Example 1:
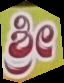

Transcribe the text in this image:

ಶ್ರೀ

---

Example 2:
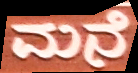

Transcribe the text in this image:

ಮನೆ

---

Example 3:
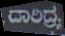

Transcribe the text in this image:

ದಾರಿದ್ರ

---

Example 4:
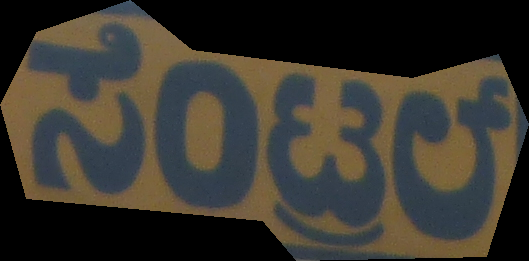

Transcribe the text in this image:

ಸೆಂಟಲೆ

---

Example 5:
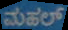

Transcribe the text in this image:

ಮಹಲ್